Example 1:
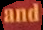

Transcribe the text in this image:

and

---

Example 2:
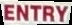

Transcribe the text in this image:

ENTRY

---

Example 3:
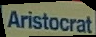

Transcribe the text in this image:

Aristocrat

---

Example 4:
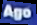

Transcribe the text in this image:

Ago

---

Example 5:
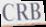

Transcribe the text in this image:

CRB